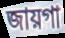
জায়গা